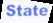
State